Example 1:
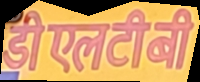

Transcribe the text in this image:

डीएलटीबी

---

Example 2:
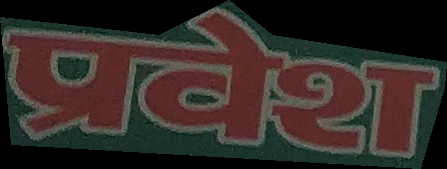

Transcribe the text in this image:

प्रवेश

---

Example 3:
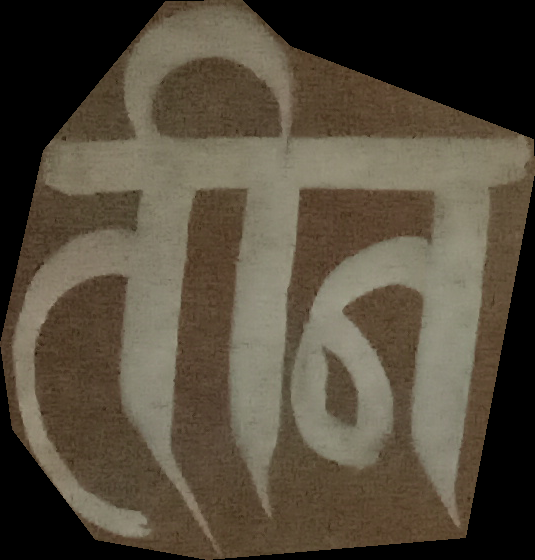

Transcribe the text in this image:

तीन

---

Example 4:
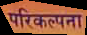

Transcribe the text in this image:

परिकल्पना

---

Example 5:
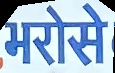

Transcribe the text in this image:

भरोसे